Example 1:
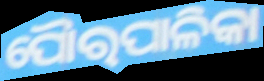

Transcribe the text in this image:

ପୌରପାଳିକା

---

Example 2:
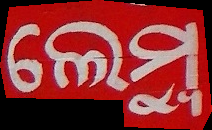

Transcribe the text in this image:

ଲେମ୍ବୁ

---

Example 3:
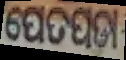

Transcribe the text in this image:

ପେତପଡ଼ା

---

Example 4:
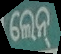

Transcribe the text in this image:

ଲେନ୍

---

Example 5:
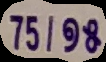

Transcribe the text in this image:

75/୭୫